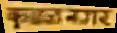
कुडळनगर